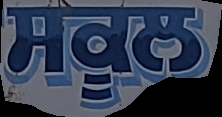
ਸਕੂਲ